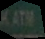
ATM